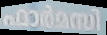
ഫാർമസി